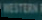
WESTERN